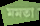
মমতা